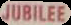
JUBILEE